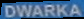
DWARKA